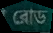
রোড